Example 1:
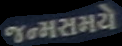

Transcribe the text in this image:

જન્મસમયે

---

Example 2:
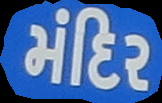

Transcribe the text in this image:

મંદિર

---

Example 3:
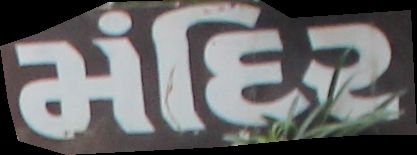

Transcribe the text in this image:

મંદિર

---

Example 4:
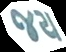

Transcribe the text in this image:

જય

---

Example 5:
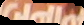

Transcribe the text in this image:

બના